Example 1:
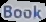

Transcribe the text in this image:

Book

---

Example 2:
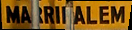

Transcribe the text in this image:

MARRINALEM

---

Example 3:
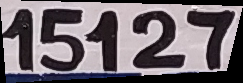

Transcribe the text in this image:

15127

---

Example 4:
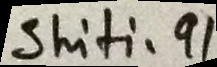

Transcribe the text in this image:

Shiti-91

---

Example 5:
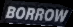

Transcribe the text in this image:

BORROW